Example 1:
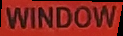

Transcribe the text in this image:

WINDOW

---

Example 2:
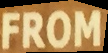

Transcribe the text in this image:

FROM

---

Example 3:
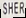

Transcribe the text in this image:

SHER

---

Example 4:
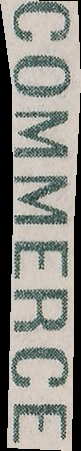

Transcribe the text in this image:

COMMERCE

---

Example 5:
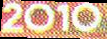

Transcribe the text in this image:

2010